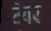
टेयर